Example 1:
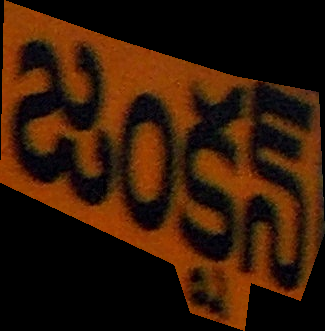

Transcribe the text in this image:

జంక్షన్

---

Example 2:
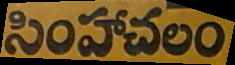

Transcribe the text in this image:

సింహాచలం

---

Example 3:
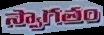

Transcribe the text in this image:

స్వాగతం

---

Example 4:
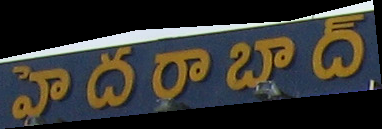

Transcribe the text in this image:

హైదరాబాద్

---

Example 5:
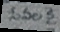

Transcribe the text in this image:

సేవలకై